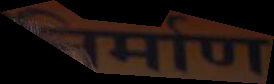
र्माण